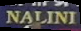
NALINI